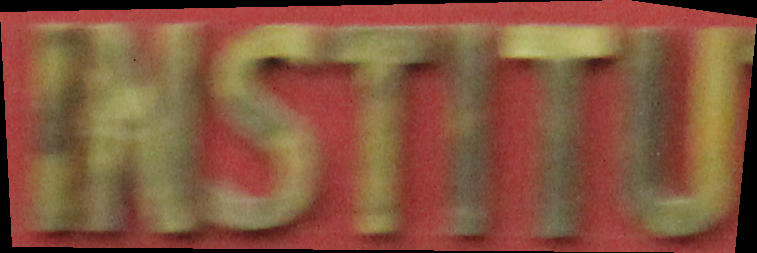
INSTITU